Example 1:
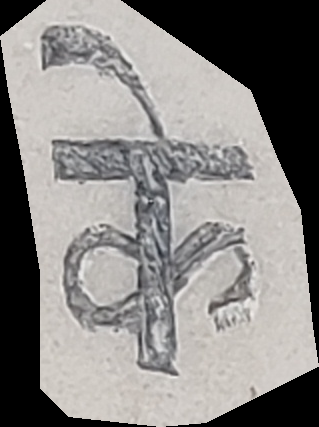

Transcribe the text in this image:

के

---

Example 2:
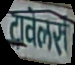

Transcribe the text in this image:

ट्रावेलर्स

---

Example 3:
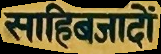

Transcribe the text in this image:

साहिबजादों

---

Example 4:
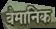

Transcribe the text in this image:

वैमानिक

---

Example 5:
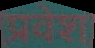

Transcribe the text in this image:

प्रवेश